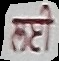
ਲਈ